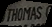
THOMAS